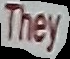
They